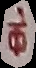
क‍े